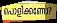
പൊളിക്കണോ?